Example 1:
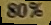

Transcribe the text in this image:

80%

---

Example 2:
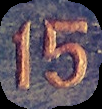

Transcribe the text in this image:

15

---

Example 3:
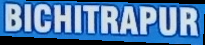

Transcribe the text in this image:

BICHITRAPUR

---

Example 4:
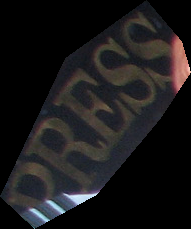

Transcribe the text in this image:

PRESS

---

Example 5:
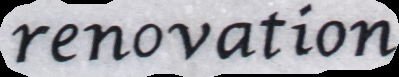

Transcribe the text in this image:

renovation